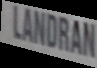
LANDRAN